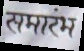
समारंभ